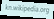
kn.wikipedia.org